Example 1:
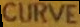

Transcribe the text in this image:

CURVE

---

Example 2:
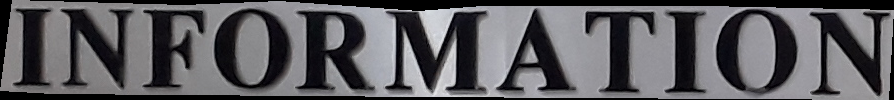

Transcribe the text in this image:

INFORMATION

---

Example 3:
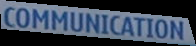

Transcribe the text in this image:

COMMUNICATION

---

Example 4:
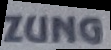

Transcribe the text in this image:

ZUNG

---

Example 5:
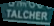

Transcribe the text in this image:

TALCHER